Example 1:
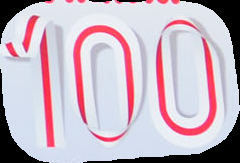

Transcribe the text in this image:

100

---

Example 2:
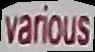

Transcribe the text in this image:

various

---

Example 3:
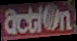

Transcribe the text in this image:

action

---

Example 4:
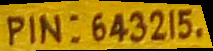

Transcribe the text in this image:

PIN:643215.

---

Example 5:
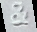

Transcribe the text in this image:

&